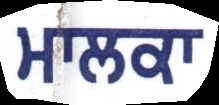
ਮਾਲਕਾ